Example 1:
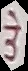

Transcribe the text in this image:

ਤੇ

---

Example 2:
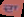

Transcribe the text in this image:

ਦਾ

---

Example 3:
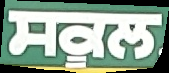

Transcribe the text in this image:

ਸਕੂਲ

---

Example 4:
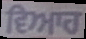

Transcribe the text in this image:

ਵਿਆਹ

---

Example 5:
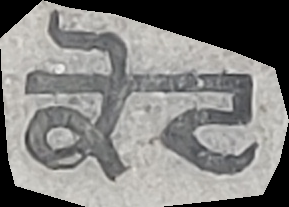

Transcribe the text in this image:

ਕੋਟ